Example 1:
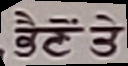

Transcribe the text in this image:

ਭਣਤੇ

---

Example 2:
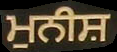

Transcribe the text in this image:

ਮੁਨੀਸ਼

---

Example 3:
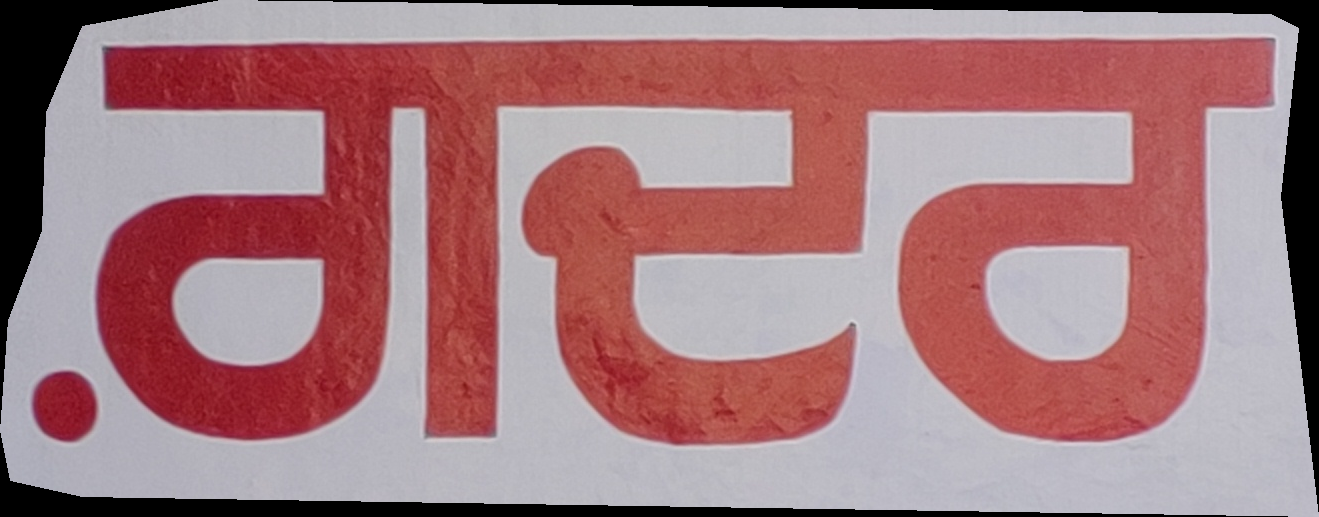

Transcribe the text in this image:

ਗ਼ਦਰ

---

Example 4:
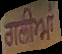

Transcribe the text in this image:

ਗਲੀਆਂ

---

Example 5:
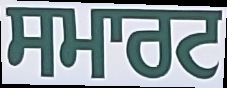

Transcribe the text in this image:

ਸਮਾਰਟ